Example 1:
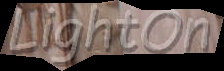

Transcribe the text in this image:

LightOn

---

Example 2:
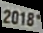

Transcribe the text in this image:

2018*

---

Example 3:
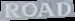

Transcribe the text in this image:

ROAD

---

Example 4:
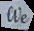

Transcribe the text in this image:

We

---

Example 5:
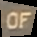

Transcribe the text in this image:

OF